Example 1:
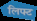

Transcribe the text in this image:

लिफ्ट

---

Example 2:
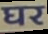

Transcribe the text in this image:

घर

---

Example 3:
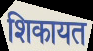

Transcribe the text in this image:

शिकायत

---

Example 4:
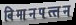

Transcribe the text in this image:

विमानपत्तन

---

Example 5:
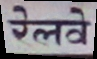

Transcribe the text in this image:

रेलवे